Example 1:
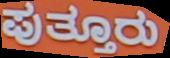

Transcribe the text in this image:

ಪುತ್ತೂರು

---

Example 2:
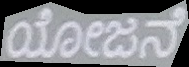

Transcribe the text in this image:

ಯೋಜನ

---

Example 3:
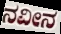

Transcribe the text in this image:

ನವೀನ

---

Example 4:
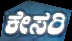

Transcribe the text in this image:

ಕೇಸರಿ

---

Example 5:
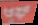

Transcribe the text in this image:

ಆಫ್